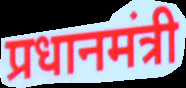
प्रधानमंत्री